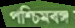
পশ্চিমবঙ্গ